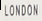
LONDON